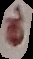
के